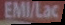
EMI/Lac